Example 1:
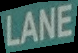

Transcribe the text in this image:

LANE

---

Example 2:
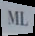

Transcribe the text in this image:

ML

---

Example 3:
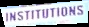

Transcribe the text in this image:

INSTITUTIONS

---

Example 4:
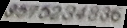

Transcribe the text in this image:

9575234836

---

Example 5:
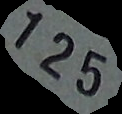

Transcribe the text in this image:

125